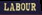
LABOUR